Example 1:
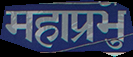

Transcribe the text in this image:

महाप्रभु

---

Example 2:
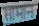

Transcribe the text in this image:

सामान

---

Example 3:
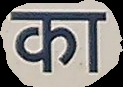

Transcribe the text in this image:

का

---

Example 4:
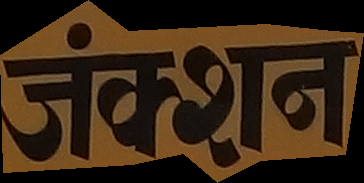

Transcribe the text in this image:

जंक्शन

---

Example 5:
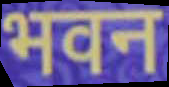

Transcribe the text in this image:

भवन